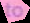
to